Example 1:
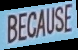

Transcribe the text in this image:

BECAUSE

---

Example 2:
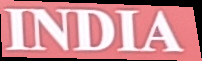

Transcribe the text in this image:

INDIA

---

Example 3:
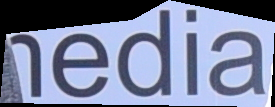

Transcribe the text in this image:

nedia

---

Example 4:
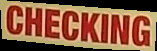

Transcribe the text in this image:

CHECKING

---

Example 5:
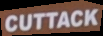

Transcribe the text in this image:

CUTTACK